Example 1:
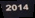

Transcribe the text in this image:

2014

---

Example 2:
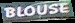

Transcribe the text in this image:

BLOUSE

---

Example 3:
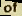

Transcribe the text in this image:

of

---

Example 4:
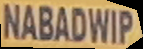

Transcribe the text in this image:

NABADWIP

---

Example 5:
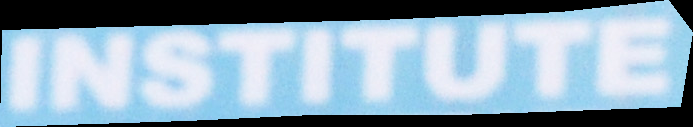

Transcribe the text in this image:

INSTITUTE